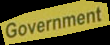
Government